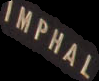
IMPHAL